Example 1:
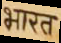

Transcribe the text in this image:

भारत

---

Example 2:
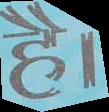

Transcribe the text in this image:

है।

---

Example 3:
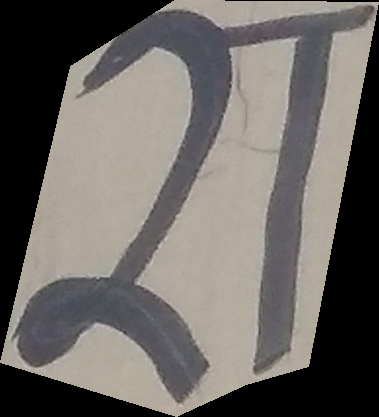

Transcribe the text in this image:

रा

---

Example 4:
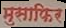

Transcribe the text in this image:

मुसाफिर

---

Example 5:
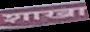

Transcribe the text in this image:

शाखा